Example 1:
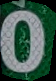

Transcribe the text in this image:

0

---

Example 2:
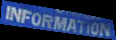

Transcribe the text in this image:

INFORMATION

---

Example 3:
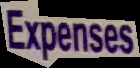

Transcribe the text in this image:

Expenses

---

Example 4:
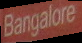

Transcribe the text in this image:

Bangalore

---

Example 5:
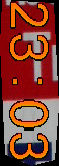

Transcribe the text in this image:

23:03